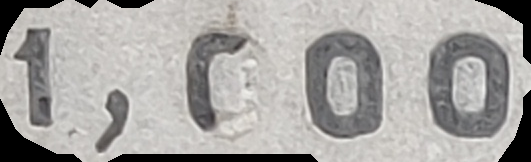
1,000